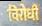
विरोधी